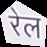
रेल